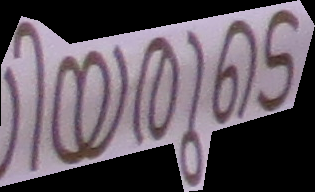
റിയരുടെ